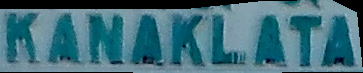
KANAKLATA